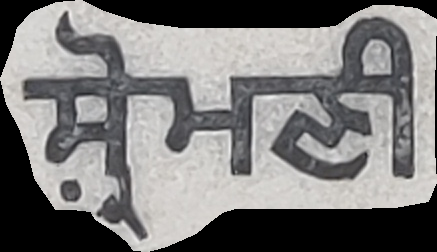
ਸ਼੍ਰੋਮਣੀ